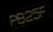
PB25F